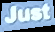
Just